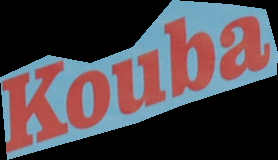
Kouba